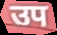
उप